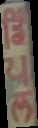
ਡਿੰਪਲ